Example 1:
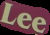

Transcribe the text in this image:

Lee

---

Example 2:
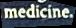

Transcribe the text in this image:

medicine.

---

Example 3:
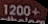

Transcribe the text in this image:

1200+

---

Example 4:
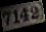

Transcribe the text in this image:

7142)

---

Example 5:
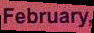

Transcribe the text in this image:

February,